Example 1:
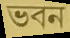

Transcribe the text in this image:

ভবন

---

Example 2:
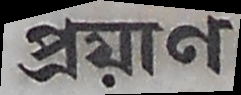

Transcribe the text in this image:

প্রয়াণ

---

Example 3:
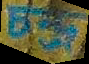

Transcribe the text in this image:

চন্দ্র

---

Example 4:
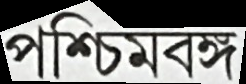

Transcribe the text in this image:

পশ্চিমবঙ্গ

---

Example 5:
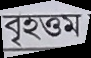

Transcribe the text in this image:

বৃহত্তম